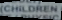
CHILDREN